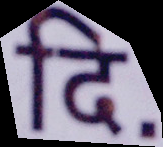
दि.